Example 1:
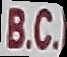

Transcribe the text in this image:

B.C.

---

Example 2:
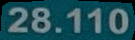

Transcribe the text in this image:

28.110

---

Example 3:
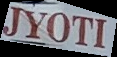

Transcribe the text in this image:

JYOTI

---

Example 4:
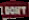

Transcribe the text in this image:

DON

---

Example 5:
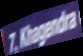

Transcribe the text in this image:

7,Khagendra